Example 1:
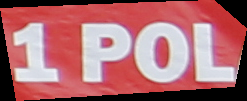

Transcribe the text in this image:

1POL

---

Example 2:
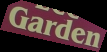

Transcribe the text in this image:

Garden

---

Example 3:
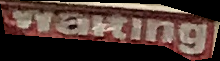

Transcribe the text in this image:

waiting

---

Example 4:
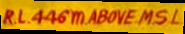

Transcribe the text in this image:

R.L.446M ABOVE MSL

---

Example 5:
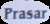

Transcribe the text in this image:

Prasar